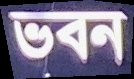
ভবন